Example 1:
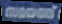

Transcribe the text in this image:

സമയത്ത്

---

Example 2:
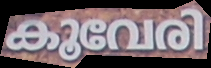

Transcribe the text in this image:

കുവേരി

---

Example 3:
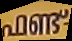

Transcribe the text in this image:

ഫണ്ട്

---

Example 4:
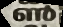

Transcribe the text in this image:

ൺ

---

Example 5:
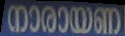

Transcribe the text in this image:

നാരായണ